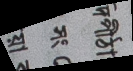
দুর্গায়া ষং সং দিপীঠাক